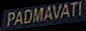
PADMAVATI